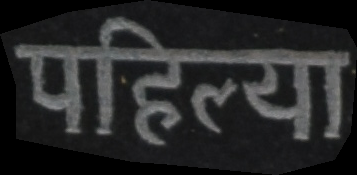
पहिल्या